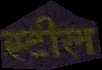
स्‍टील